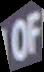
OF